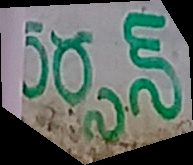
పర్సన్